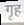
गृह